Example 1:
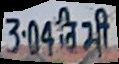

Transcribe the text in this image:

3-04 ਰਿ ਮੀ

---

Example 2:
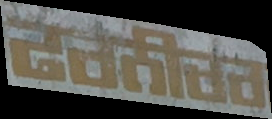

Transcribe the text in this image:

ਫਰਨੀਰਰ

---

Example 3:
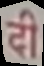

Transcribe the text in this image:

ਵੀ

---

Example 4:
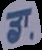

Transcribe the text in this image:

ਡਾ.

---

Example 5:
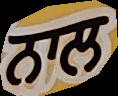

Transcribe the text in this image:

ਨਾਲ